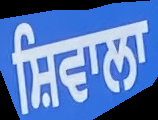
ਸ਼ਿਵਾਲਾ